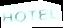
HOTEL